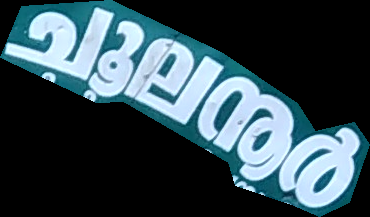
ചൂലനൂർ